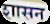
शासन